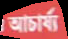
আচাৰ্য্য